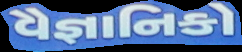
વૈજ્ઞાનિકો